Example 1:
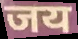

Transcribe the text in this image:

जय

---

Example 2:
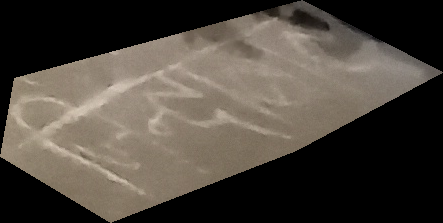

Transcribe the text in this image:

जिन्दाबाद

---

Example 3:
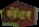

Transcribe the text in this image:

सेंटर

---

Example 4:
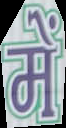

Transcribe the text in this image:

में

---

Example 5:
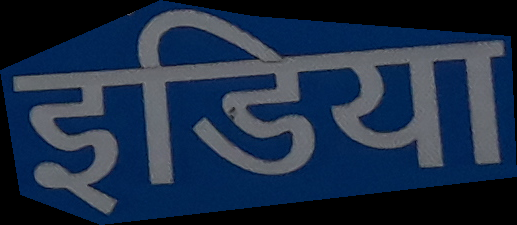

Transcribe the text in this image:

इडिया